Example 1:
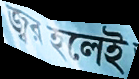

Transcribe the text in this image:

জ্বর হলেই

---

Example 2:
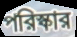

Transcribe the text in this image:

পরিস্কার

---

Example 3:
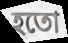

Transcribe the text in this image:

হতো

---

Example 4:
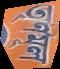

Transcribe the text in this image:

তৃণমূল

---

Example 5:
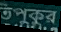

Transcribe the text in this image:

তপুকুর